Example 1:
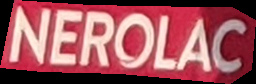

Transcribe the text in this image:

NEROLAC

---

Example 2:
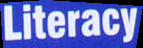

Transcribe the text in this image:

Literacy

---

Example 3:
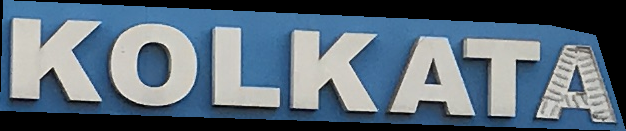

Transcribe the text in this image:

KOLKATA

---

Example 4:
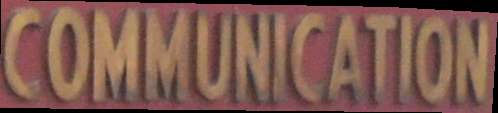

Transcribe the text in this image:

COMMUNICATION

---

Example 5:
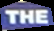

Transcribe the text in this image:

THE